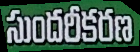
సుందరీకరణ